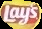
Lay